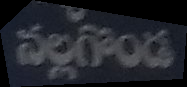
నల్లగొండ